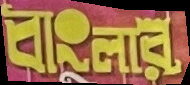
বাংলার